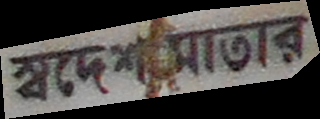
স্বদেশ মাতার